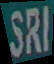
SRI